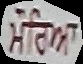
ਮੋਰਿਆ